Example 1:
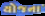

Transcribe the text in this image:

યોજના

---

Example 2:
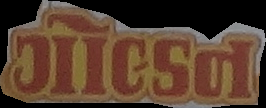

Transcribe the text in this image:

મૉલ્ડન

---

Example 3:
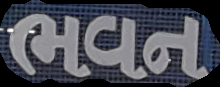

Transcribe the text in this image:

ભવન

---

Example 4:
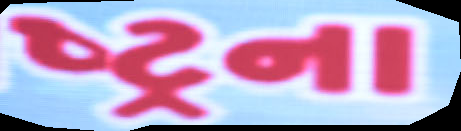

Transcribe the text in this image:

ષ્ટ્રના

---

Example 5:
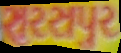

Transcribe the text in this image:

સરસપુર